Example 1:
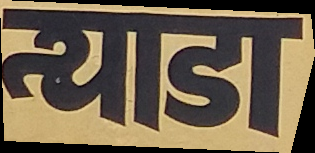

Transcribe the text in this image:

त्याडा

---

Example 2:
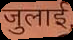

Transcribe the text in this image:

जुलाई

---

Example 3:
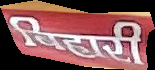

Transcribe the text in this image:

बिहारी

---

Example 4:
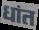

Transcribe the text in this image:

धांत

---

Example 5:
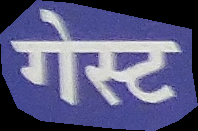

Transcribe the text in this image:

गेस्ट